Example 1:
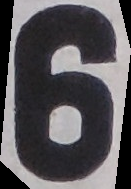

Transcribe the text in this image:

6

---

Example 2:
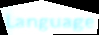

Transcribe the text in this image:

Language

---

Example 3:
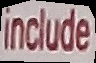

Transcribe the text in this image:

include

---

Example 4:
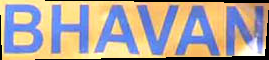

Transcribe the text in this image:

BHAVAN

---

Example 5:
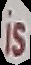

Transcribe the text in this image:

is